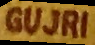
GUJRI